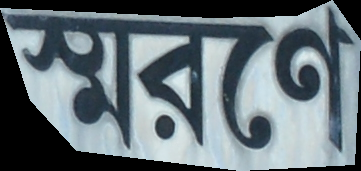
স্মরণ